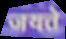
जयते